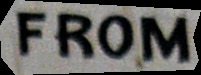
FROM